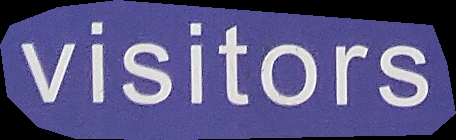
visitors